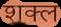
शक्ल